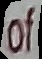
of